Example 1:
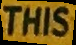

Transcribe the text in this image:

THIS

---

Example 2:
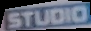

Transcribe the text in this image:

STUDIO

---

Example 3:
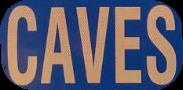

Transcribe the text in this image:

CAVES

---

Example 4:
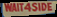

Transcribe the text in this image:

WAIT4SIDE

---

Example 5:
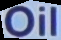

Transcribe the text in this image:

Oil